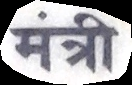
मंत्री